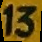
13